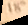
18th